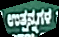
ಉತ್ಪನ್ನಗಳ